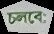
চলবে: